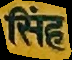
सिंह